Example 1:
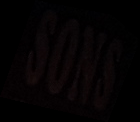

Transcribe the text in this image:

SONS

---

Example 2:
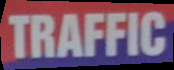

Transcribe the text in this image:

TRAFFIC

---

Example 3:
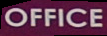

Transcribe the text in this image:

OFFICE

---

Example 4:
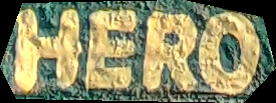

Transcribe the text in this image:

HERO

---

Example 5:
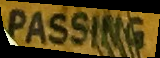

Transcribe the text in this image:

PASSING